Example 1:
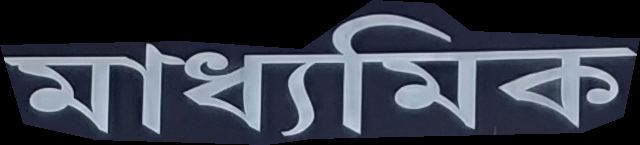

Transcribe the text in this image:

মাধ্যমিক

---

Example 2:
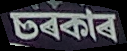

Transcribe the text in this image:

চৰকাৰ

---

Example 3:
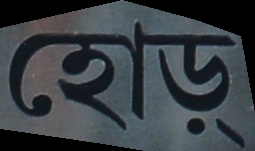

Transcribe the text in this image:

হোড়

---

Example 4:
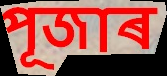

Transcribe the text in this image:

পূজাৰ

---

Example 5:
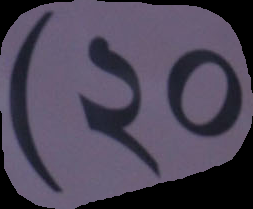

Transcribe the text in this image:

(২০